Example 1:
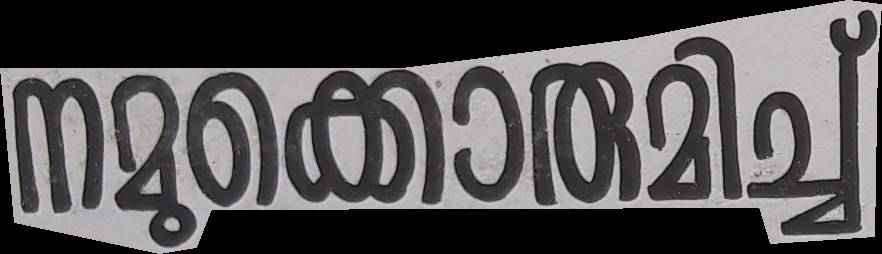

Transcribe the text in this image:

നമുക്കൊരുമിച്ച്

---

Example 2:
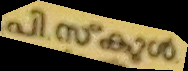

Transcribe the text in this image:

പി.സ്‌കൂൾ.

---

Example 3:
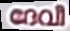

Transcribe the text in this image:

ദേവി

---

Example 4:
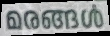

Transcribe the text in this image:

മരങ്ങൾ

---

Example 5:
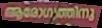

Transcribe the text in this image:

ആരോഗ്യത്തിനു